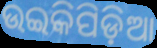
ଉଇକିପିଡ଼ିଆ